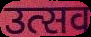
उत्सव